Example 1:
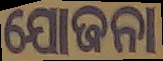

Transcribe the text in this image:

ଯୋଜନା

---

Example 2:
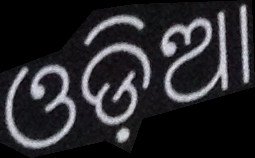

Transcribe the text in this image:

ଓଡ଼ିଆ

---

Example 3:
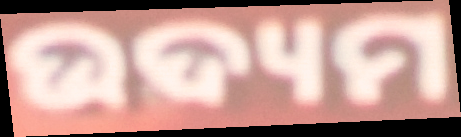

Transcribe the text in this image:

ଉଦ୍ୟମ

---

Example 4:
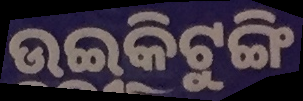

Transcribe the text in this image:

ଉଇକିଟୁଙ୍ଗି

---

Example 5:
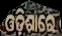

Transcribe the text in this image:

ଓଡ଼ିଶାରେ